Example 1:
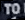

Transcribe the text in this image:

TO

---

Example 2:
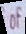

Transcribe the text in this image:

of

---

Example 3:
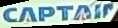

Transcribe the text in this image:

CAPTAIN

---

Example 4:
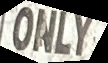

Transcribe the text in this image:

ONLY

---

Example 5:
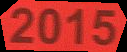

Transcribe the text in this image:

2015